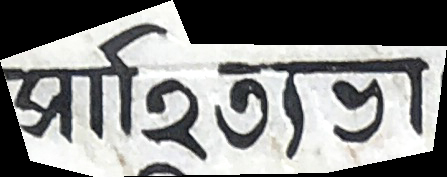
সাহিত্যভা